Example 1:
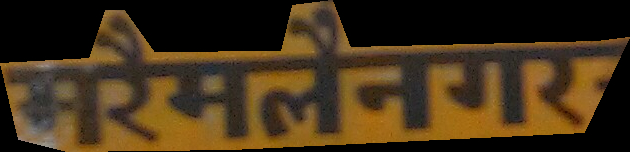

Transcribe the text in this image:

मरैमलैनगर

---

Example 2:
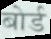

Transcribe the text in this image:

बोर्ड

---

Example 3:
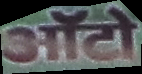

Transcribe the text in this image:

ऑटो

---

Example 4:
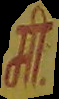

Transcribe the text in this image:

मी.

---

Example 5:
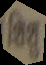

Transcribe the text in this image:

शिशु